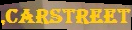
CARSTREET